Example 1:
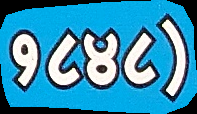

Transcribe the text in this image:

१८४८)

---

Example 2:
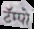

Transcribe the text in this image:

टॅम्पो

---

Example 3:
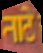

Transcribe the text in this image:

ताटे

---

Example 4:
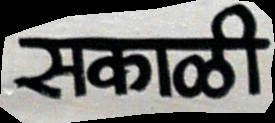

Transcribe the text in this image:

सकाळी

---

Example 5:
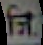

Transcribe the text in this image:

जि.